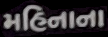
મહિનાના